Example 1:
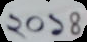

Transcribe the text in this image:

২০১৪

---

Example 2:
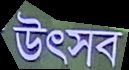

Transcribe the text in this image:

উৎসব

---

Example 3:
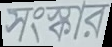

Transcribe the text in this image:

সংস্কার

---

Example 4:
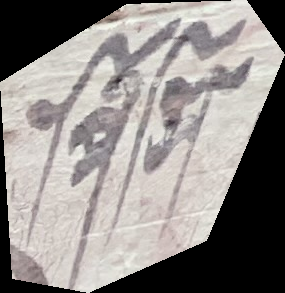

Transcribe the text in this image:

পিসি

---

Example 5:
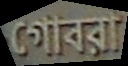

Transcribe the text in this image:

গোবরা